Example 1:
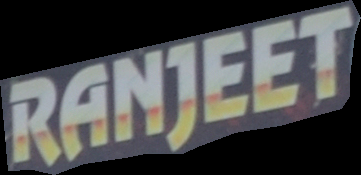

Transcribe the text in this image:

RANJEET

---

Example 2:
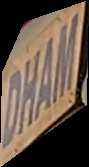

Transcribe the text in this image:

DHAM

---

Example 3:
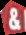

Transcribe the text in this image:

&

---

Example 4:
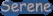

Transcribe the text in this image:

Serene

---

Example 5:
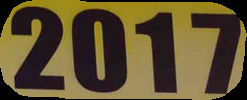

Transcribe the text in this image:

2017